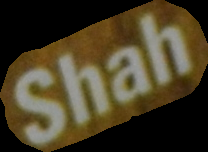
Shah